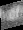
of